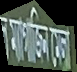
ম্যাগাজিন মেলা